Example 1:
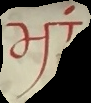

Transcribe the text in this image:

ਮਾਂ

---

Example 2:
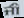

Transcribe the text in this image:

ਜੀ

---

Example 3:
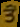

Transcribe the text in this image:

ਤੋਂ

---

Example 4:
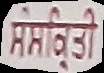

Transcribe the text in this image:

ਸੇਸਕ੍ਰਿਤ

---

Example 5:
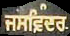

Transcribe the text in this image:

ਜਸਵਿੰਦਰ